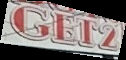
GET2